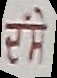
ਦਸੇ